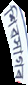
শিবসাগৰ